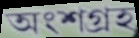
অংশগ্রহ